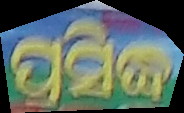
ପ୍ରସିଦ୍ଧ